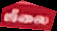
லீலை